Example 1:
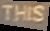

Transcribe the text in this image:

THIS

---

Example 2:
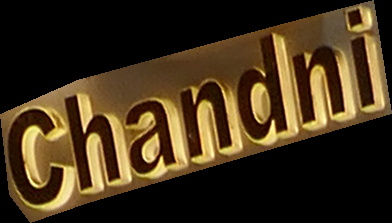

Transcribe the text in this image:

Chandni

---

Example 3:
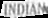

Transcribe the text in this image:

INDIAN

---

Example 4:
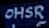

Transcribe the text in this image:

OHSR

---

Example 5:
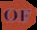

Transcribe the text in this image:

OF